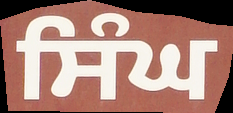
ਸਿੰਘ